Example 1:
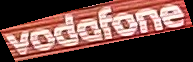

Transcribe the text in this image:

vodafone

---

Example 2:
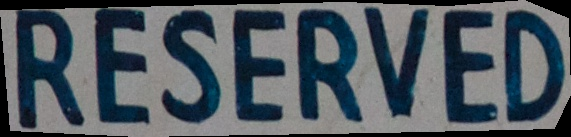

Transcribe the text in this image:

RESERVED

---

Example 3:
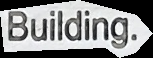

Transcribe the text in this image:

Building.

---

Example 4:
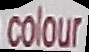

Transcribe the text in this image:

colour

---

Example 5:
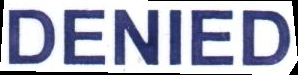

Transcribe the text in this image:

DENIED